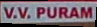
V.V.PURAM